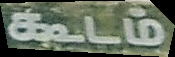
கூடம்